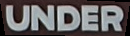
UNDER